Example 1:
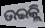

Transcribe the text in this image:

ଉଇକ୍ଲି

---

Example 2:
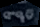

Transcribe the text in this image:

ସଂସ୍କୃତି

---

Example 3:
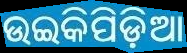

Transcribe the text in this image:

ଉଇକିପିଡ଼ିଆ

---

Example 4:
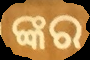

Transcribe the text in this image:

ଙ୍କର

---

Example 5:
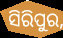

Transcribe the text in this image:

ସିରିପୁର,